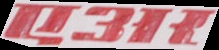
एअर